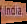
India,